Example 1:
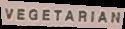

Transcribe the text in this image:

VEGETARIAN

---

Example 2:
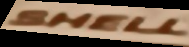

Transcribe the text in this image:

SHELL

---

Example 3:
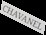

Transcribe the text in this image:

CHAVANEL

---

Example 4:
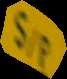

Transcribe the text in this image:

S/P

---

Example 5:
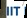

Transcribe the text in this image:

IIT